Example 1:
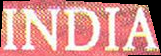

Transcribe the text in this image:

INDIA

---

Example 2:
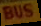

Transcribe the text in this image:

BUS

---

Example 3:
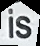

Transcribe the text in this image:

is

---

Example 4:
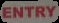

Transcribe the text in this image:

ENTRY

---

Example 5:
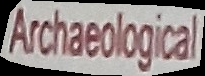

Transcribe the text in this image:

Archaeological